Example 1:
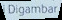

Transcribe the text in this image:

Digambar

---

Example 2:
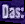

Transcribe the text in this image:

Das:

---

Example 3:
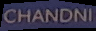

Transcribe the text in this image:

CHANDNI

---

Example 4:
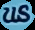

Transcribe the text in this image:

us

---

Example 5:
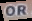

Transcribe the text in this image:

OR